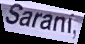
Sarani,